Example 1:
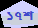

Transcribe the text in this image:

১৭শ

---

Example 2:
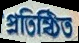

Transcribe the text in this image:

প্ৰতিষ্ঠিত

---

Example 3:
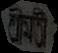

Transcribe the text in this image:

শ্রীমতী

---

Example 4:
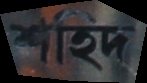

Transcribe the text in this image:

শহিদ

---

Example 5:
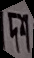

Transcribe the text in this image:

দশ